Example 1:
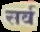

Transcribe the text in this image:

सर्व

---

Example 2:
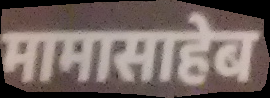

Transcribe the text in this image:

मामासाहेब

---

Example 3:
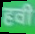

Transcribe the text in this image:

हवी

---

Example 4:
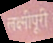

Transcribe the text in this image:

लक्ष्मीपूरी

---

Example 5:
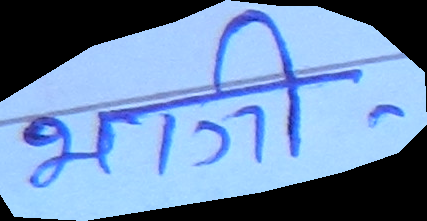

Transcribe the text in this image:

भाजी